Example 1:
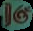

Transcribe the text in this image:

ଓଁ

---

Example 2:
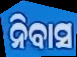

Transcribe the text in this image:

ନିବାସ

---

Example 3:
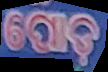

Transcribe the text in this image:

ପୋଡ଼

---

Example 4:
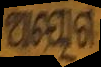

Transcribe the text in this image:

ଆୟୋଗ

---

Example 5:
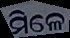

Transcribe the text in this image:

ମିଳେ